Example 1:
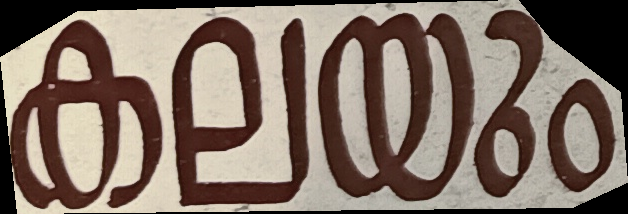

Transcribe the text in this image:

കലയും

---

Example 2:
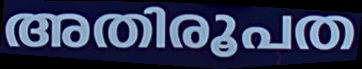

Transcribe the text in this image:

അതിരൂപത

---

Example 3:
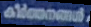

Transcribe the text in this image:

കീർത്തനങ്ങൾ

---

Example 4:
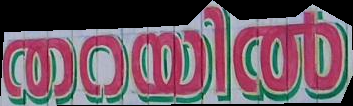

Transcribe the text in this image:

തറയിൽ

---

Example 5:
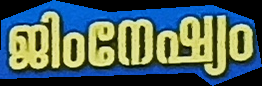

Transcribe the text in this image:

ജിംനേഷ്യം